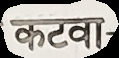
कटवा